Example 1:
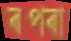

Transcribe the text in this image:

ৰপৰা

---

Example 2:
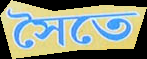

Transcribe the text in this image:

সৈতে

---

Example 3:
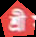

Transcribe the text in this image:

শ্রী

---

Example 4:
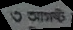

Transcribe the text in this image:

৩আগষ্ট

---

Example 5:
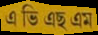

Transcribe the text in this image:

এ ভি এছ এম